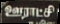
ஊராட்சி